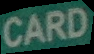
CARD